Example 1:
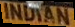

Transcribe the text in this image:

INDIAN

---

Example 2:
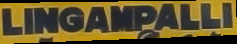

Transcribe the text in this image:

LINGAMPALLI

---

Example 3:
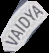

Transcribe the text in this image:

VAIDYA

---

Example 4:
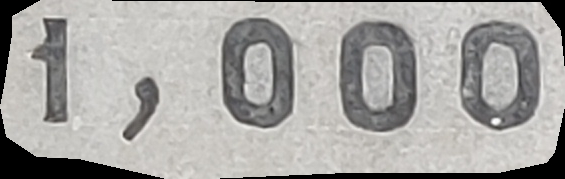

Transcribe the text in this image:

1,000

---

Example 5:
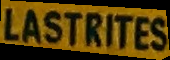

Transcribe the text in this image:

LASTRITES